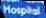
Hospital